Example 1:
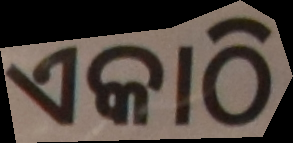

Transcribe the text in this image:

ଏକାଠି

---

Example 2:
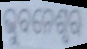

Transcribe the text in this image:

ଭୁବନେଶ୍ବର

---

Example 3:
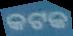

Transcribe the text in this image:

କଟକ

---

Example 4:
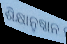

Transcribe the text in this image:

ଶିକ୍ଷାନୁଷ୍ଠାନ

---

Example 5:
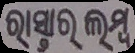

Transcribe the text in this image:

ରାସ୍ତାର ଲମ୍ବ